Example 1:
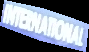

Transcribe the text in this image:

INTERNATIONAL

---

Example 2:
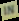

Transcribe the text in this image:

IN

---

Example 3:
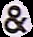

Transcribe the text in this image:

&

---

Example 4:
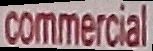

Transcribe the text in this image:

commercial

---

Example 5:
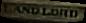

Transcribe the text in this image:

LANDLORD